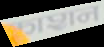
काशन